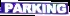
PARKING